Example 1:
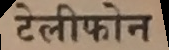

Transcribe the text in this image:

टेलीफोन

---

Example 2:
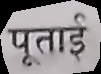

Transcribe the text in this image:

पूताई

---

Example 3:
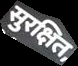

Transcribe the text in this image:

सुरक्षित,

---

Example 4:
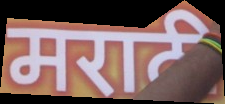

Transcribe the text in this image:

मरा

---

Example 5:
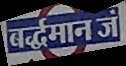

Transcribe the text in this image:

बर्द्धमान जं